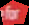
for